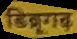
डिब्रूगढ़